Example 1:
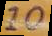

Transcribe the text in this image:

10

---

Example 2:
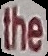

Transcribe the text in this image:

the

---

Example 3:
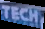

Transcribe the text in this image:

TECH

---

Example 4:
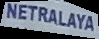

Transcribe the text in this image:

NETRALAYA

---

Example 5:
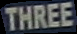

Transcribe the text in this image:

18886